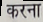
करना